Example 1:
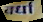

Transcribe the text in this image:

वर्धा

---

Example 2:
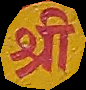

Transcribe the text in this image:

श्री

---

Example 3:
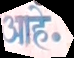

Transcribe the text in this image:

आहे.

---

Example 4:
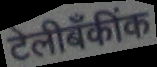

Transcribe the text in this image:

टेलीबँकींक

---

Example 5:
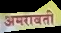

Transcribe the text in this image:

अमरावती